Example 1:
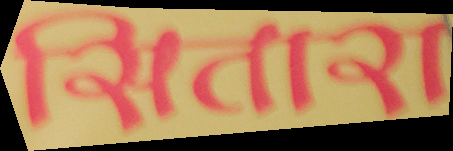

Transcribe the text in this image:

सितारा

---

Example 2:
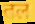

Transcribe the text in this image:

दल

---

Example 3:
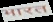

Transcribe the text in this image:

भारत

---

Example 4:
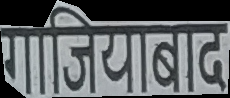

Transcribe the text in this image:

गाजियाबाद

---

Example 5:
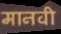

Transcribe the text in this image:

मानवी